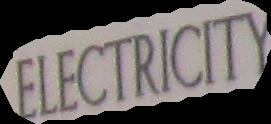
ELECTRICITY